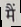
मैं